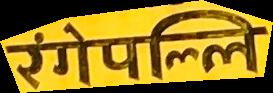
रंगेपल्लि